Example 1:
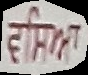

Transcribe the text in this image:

ਵਸਿਆ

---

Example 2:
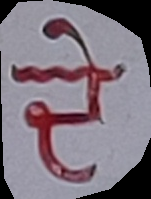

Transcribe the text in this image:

ਦੇ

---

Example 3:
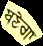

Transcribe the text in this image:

ਬਣੇਗਾ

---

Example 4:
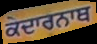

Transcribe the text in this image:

ਕੇਦਾਰਨਾਥ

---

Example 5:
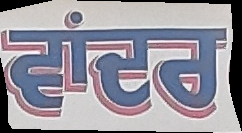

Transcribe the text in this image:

ਵਾਂਦਰ